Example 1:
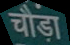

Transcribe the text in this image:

चौड़ा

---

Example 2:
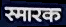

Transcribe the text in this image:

स्मारक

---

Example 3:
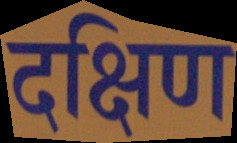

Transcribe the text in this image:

दक्षिण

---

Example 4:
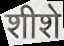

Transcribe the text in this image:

शीशे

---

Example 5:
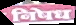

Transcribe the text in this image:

निषेध